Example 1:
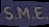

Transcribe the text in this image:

S.M.E.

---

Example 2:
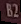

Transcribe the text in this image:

B2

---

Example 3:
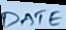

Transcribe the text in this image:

DATE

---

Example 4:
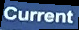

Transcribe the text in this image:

Current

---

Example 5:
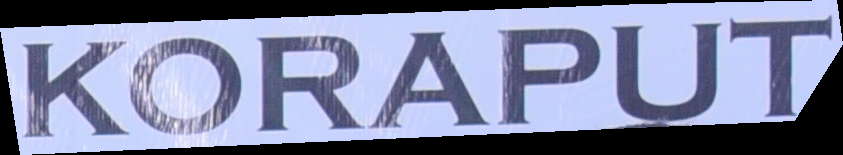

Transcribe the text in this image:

KORAPUT